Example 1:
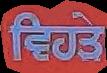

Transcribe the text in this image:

ਵਿਹੜੇ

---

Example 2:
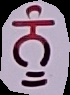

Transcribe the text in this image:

ਨੂੰ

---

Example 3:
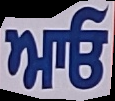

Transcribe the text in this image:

ਆਓ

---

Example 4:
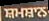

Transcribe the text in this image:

ਸ਼ਮਸ਼ਾਨ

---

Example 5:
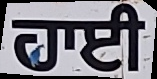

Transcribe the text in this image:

ਹਾਈ